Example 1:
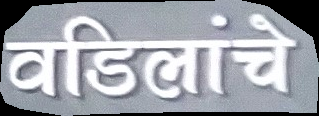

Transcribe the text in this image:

वडिलांचे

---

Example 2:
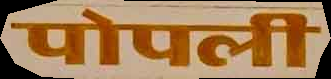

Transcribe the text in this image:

पोपली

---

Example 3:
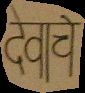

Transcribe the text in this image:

देवाचे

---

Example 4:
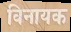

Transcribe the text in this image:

विनायक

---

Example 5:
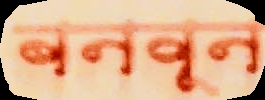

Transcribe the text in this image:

बनवून